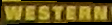
WESTERN